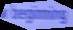
beginning